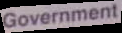
Government